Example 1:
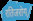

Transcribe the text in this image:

रतिजरोग/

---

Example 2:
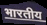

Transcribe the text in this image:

भारतीय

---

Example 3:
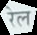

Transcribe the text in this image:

रेल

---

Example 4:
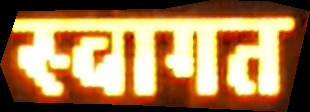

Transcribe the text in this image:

स्‍वागत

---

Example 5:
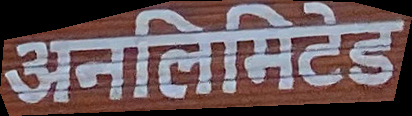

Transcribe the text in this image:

अनलिमिटेड